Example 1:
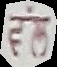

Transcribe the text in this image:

ਵੱਲ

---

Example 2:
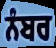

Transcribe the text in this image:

ਨੰਬਰ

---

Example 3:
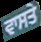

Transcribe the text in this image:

ਵਾਸਤੇ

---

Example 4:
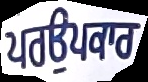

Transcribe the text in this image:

ਪਰਉਪਕਾਰ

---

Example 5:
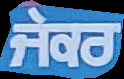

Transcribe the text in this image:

ਜੇਕਰ